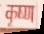
कृष्ण